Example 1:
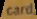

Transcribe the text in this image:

card,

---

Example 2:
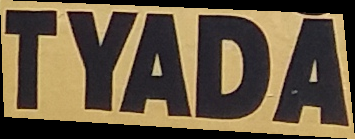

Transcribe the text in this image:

TYADA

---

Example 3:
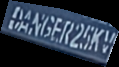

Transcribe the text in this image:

DANGER25KV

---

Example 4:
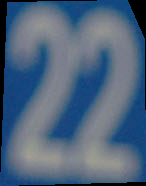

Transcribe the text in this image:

22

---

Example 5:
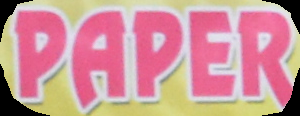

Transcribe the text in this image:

PAPER